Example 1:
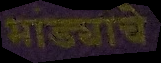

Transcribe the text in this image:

भांड्याचे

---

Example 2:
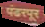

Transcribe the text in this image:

पंढरपूर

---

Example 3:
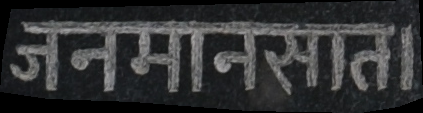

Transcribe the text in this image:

जनमानसात।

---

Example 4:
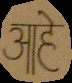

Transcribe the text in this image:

आहे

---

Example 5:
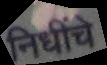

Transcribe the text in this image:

निधींचे